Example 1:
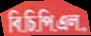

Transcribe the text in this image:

বিচিপিএল,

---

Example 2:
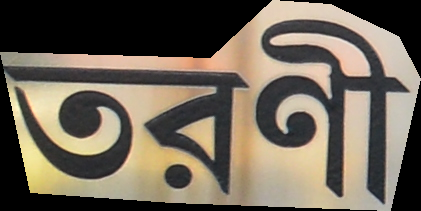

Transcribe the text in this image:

তরণী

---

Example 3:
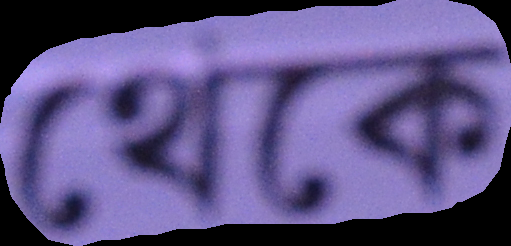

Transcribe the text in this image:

থেকে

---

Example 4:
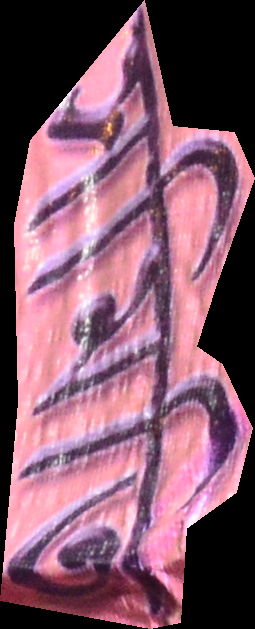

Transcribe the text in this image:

সমিতি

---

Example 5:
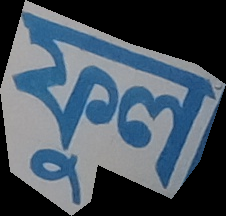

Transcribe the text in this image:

ফুল